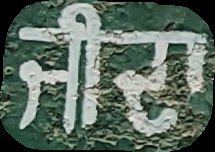
ਜੀਦਾ